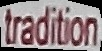
tradition